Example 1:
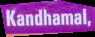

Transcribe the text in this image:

Kandhamal,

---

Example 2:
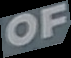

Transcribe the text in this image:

OF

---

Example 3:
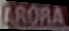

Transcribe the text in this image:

ARORA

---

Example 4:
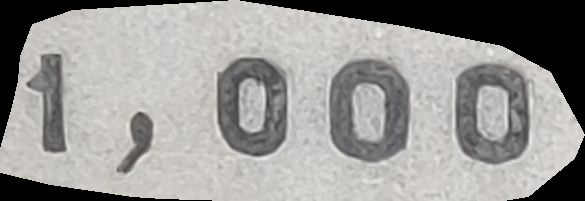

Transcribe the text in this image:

1,000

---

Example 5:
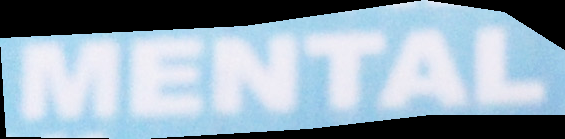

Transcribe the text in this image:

MENTAL